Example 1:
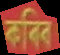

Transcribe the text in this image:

কৰিব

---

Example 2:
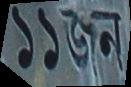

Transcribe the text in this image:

১১জন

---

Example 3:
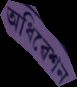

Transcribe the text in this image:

অধিৱেশন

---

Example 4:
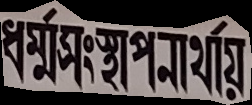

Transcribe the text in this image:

ধৰ্মসংস্থাপনার্থায়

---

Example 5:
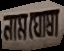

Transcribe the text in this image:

নামঘোঘা